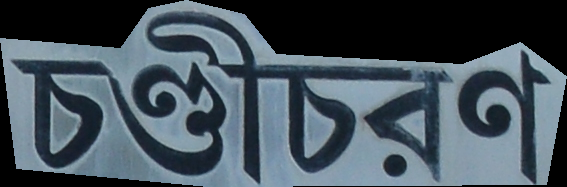
চণ্ডীচরণ